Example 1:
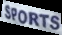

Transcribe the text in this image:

SPORTS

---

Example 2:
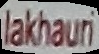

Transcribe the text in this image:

lakhauri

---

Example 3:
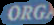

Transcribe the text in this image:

ORG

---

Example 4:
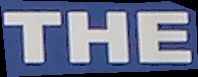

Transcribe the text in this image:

THE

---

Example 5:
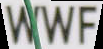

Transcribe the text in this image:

WWF